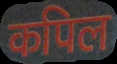
कपिल